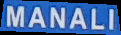
MANALI